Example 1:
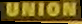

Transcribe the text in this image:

UNION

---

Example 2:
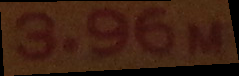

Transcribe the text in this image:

3.96M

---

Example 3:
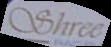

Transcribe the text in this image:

Shree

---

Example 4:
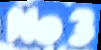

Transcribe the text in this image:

No3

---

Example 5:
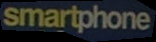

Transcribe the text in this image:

smartphone